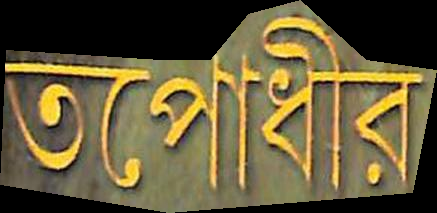
তপোধীর